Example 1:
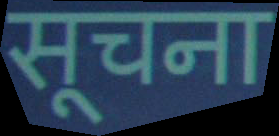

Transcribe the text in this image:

सूचना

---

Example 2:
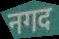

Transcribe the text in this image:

नगद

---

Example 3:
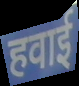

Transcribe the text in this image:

हवाई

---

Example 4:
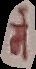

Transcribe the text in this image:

में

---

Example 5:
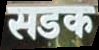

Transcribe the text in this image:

सडक